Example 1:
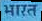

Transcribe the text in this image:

भारत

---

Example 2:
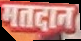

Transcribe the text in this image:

मतदान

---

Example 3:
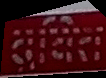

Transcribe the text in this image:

दूषित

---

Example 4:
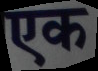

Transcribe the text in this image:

एक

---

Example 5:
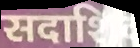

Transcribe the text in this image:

सदाशि